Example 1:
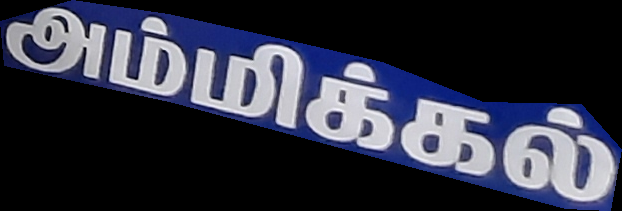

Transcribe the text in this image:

அம்மிக்கல்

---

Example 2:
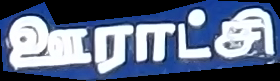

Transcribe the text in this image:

ஊராட்சி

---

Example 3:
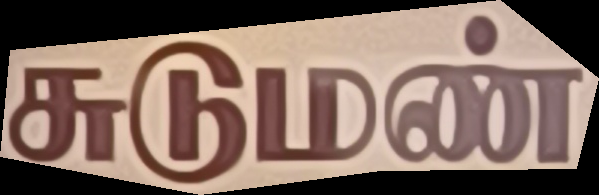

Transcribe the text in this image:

சுடுமண்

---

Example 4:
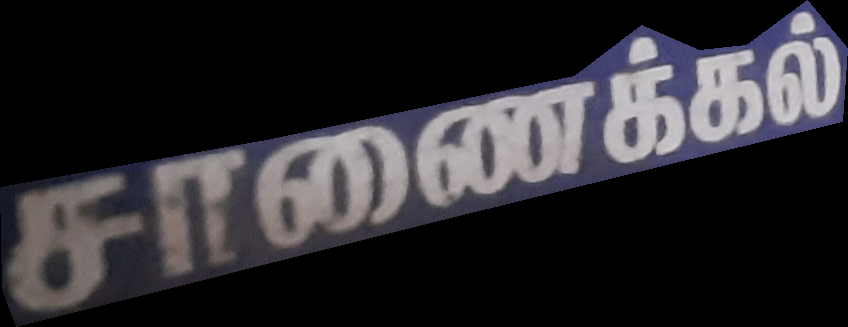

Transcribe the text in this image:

சாணைக்கல்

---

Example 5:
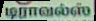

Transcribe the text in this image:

டிராவல்ஸ்